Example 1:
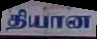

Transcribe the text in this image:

தியான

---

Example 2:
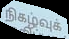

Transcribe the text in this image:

நிகழ்வுக்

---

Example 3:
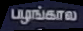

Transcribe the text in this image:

பழங்கால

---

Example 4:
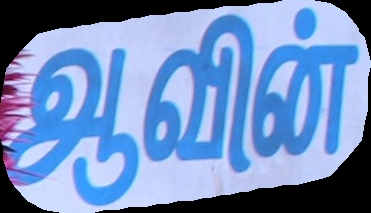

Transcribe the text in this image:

ஆவின்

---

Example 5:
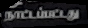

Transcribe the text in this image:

நாட்டப்பட்டது